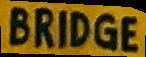
BRIDGE